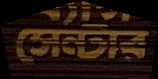
সেন্টার